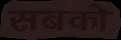
सबको